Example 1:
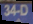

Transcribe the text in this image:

34-D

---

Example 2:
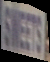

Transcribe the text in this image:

SWEETS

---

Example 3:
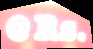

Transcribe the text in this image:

@Rs.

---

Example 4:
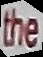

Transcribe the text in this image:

the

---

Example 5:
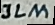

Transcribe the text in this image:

JLM